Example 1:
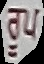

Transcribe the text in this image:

ਰੂਪ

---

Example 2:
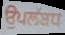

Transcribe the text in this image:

ਉਪਲੱਬਧ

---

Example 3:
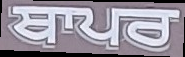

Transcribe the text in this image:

ਥਾਪਰ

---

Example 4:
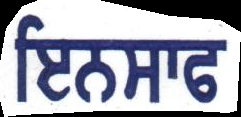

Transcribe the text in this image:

ਇਨਸਾਫ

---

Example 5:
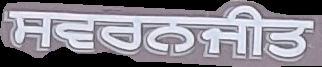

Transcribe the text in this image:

ਸਵਰਨਜੀਤ